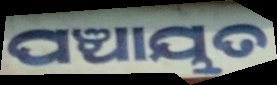
ପଞ୍ଚାୟତ